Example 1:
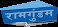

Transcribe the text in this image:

रामगुंडम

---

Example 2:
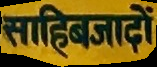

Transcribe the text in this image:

साहिबजादों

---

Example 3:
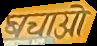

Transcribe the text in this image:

बचाओ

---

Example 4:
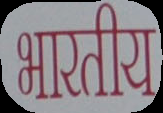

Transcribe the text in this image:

भारतीय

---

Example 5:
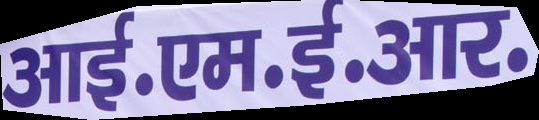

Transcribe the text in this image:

आई॰एम॰ई॰आर॰